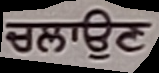
ਚਲਾਉਣ